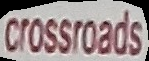
crossroads